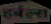
हर्बल्स